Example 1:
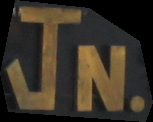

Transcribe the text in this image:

JN.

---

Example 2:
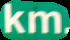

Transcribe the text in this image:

km.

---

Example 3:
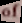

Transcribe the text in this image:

of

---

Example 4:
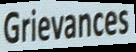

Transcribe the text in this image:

Grievances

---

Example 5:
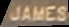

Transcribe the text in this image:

JAMES